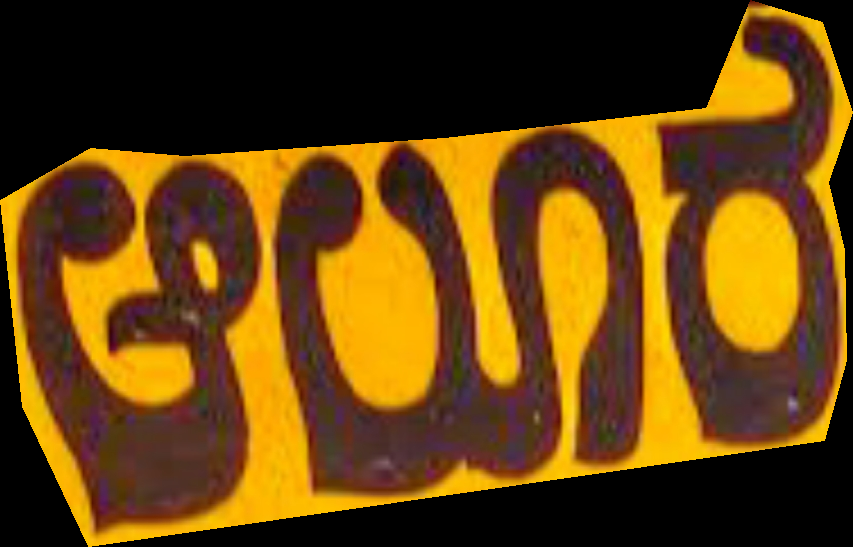
ಆಲೂರ